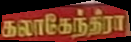
கலாகேந்திரா